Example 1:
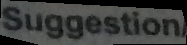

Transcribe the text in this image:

Suggestion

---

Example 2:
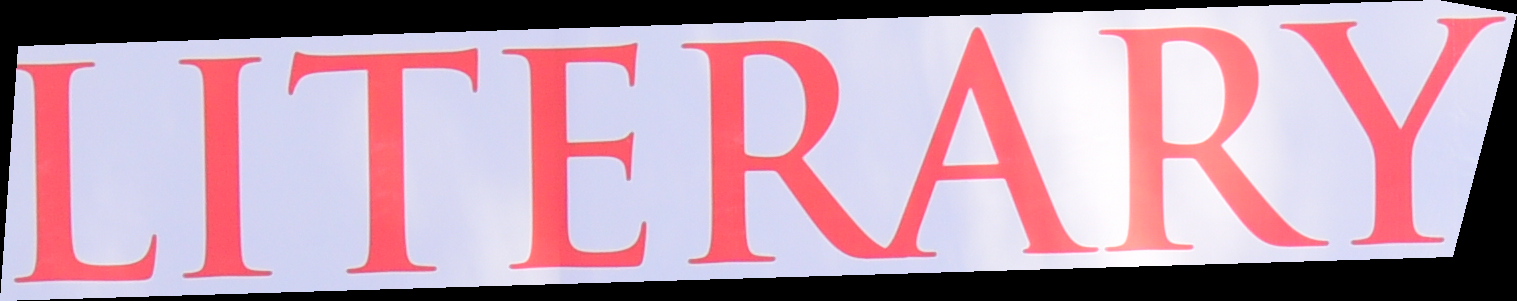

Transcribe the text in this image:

LITERARY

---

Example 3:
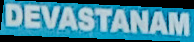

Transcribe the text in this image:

DEVASTANAM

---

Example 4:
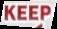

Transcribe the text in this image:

KEEP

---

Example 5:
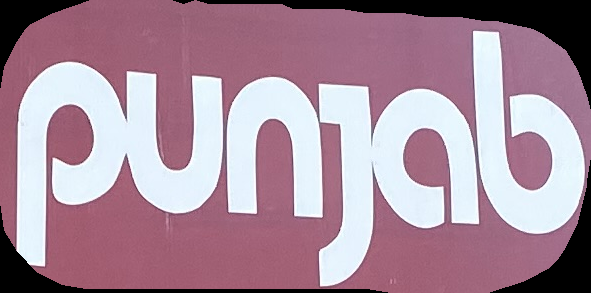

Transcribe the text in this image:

punjab